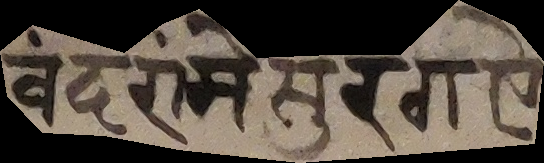
वंदरांमे सुरगऐ